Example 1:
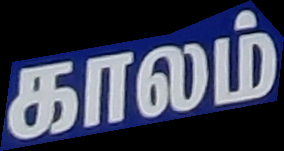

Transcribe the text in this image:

காலம்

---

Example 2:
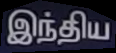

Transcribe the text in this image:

இந்திய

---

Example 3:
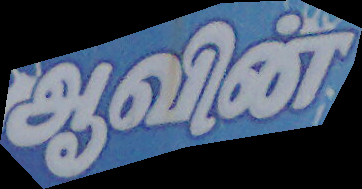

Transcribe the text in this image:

ஆவின்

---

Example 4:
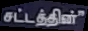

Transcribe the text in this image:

சட்டத்தின்"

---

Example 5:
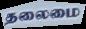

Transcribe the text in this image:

தலைமை